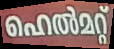
ഹെൽമറ്റ്